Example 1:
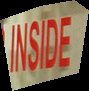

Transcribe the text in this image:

INSIDE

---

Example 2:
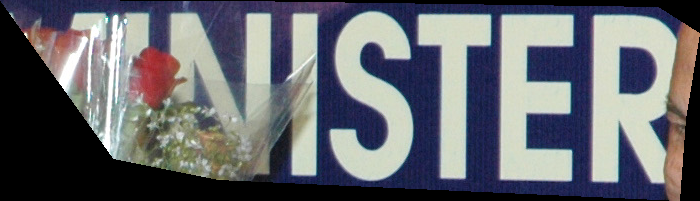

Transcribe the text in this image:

NISTER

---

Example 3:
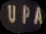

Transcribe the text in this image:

UPA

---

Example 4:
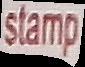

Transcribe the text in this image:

stamp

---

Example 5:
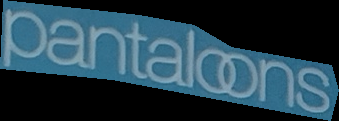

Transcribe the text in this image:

pantaloons